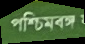
পশ্চিমবঙ্গ